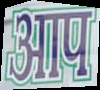
आप